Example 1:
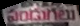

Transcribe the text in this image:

పండుగలు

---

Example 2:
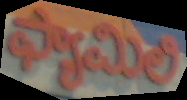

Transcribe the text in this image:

ఫ్యామిలీ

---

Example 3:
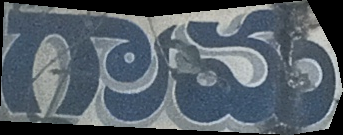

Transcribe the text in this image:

గ్రామ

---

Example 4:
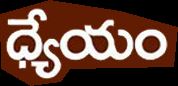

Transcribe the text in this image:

ధ్యేయం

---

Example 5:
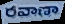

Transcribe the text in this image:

రవాణా